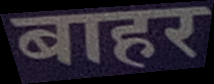
बाहर